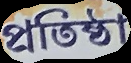
প্রতিষ্ঠা